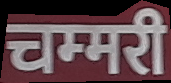
चम्मरी